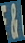
&